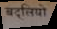
बद्लियो